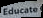
Educate